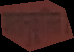
वातानुकूलित